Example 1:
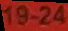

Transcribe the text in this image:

19-24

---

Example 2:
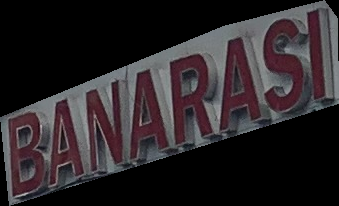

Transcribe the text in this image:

BANARASI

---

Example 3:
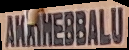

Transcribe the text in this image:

AKKIHEBBALU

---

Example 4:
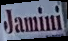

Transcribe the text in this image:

Jamini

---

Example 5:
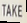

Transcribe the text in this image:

TAKE